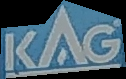
KAG